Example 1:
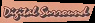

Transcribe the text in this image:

digital surround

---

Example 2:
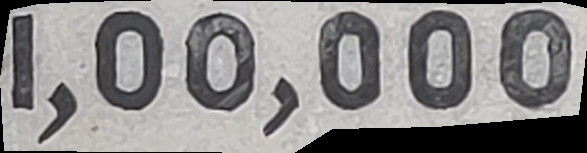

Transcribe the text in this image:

1,00,000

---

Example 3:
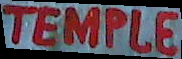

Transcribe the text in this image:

TEMPLE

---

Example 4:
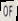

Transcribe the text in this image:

OF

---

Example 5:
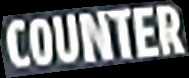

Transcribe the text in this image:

COUNTER